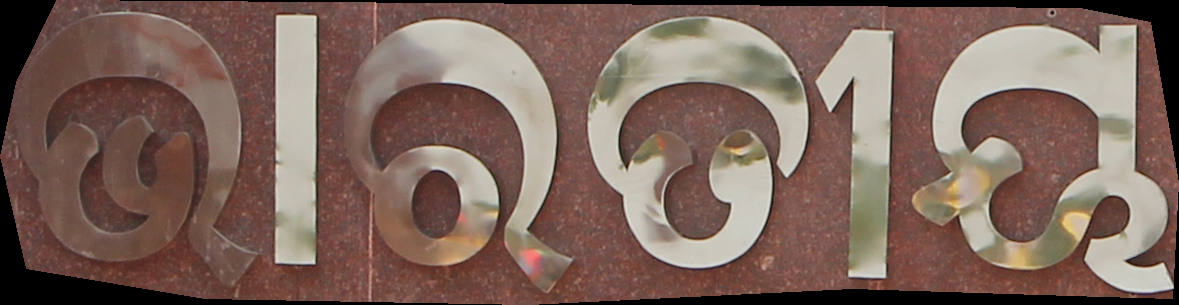
ଭାରତୀୟ